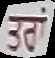
ਤਰਾਂ